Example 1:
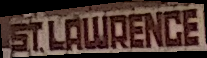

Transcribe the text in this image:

ST.LAWRENCE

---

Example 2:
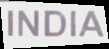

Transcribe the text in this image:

INDIA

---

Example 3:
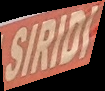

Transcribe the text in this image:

SIRIDI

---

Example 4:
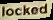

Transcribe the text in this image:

locked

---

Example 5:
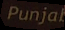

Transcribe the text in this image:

Punja